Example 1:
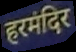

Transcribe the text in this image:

हरमंदिर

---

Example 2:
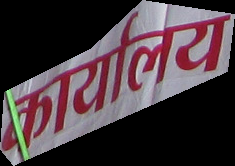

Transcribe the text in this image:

कार्यालय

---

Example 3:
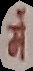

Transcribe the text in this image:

में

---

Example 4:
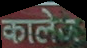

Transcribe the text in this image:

काले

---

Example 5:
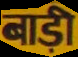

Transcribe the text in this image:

बाड़ी